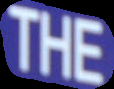
।।।